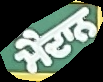
ਮੈਦਾਨ